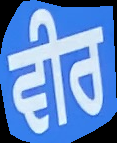
ਵੀਰ